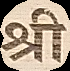
श्री